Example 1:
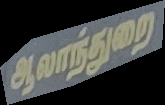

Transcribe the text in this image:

ஆலாந்துறை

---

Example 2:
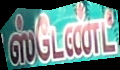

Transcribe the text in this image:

ஸ்டேண்ட்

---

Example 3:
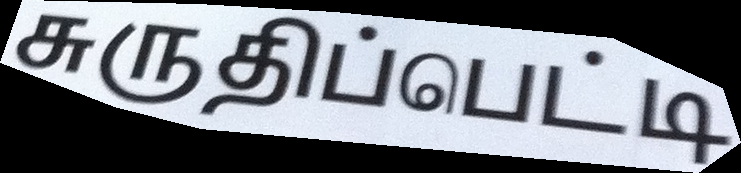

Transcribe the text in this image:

சுருதிப்பெட்டி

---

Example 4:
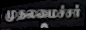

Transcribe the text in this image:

முதலமைச்சா்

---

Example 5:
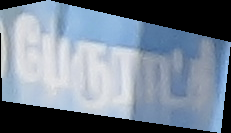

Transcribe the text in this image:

பேரூராட்சி